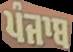
ਪੰਜਾਬ